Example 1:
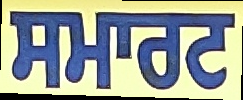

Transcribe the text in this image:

ਸਮਾਰਟ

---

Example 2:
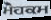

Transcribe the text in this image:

ਮੋੋਹਕਮ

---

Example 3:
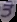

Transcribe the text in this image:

ਤੋ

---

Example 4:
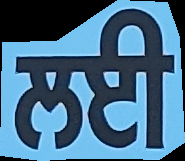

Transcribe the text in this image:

ਲਈ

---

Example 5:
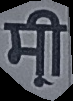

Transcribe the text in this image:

ਸ੍ਰੀ